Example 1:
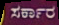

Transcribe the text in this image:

ಸರ್ಕಾರ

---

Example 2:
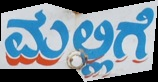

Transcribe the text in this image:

ಮಲ್ಲಗೆ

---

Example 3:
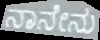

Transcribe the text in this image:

ನಾನೇನು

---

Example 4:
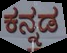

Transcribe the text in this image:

ಕನ್ನಡ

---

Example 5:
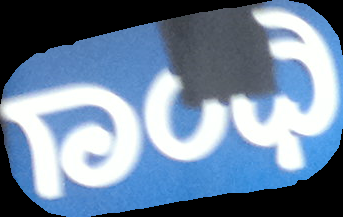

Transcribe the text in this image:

ಗಾಂಧಿ